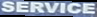
SERVICE